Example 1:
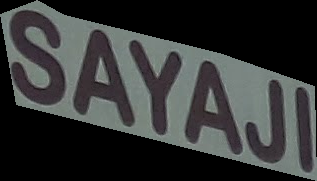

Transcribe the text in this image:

SAYAJI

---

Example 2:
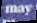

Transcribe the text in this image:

may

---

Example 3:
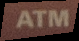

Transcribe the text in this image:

ATM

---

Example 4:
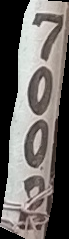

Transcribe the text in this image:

7002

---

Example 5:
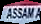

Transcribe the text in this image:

ASSAMA